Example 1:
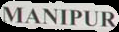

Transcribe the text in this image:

MANIPUR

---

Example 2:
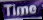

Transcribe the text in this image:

Time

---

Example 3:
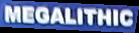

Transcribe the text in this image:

MEGALITHIC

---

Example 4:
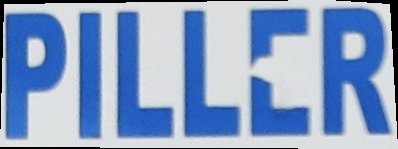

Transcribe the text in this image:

PILLER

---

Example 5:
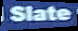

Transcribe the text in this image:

Slate